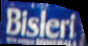
Bisleri